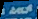
ಸೀಟ್